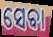
ସେବା